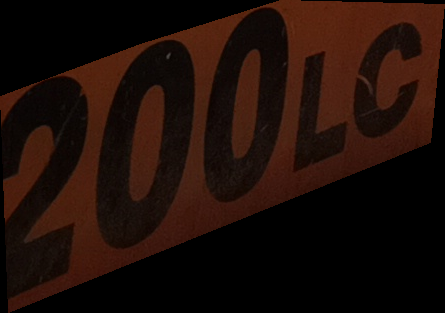
200LC